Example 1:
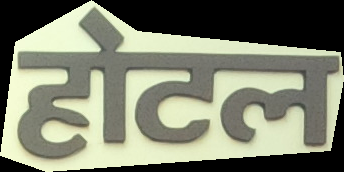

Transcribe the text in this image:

होटल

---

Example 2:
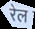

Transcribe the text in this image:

रेल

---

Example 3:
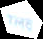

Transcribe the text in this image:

रेलवे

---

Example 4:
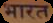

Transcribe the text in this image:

भारत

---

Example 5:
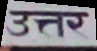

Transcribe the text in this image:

उत्तर